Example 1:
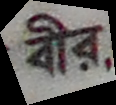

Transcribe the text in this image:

বীর,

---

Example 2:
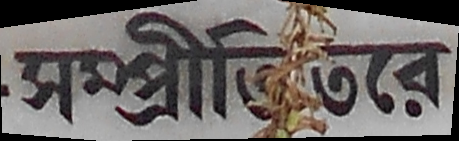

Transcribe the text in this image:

সম্পীতিতরে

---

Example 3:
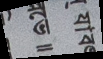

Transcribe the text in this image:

প্রভে ॥ যাবৎ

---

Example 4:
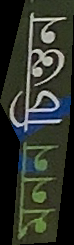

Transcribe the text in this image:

মনন চিন্তন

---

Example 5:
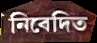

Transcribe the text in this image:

নিবেদিত